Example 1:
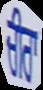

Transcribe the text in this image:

ਚੀਰਾ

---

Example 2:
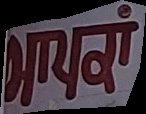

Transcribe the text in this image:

ਮਾਪਕਾਂ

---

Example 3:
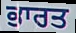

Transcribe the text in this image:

ਭਾਰਤ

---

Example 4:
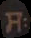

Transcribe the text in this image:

ਸ:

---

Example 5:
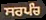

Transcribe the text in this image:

ਸਰਪੰਰ